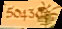
50430